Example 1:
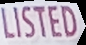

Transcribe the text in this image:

LISTED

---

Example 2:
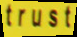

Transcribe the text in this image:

trust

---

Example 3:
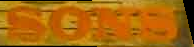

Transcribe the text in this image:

SONS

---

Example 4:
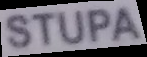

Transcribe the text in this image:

STUPA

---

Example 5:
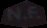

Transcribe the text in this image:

N.F.